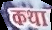
कथा